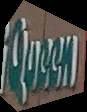
Queen